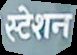
स्टेशन